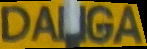
DALIGA